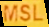
MSL